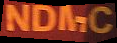
NDMC